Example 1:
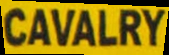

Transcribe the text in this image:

CAVALRY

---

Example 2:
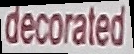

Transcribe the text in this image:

decorated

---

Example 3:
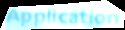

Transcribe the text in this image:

Application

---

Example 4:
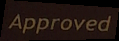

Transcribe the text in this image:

Approved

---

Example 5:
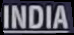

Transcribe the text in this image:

INDIA